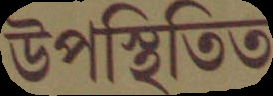
উপস্থিতিত